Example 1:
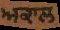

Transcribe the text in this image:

ਅਕਾਲ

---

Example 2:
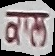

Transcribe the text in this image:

ਕਾਲ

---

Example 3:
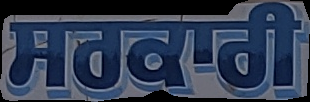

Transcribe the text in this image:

ਸਰਕਾਰੀ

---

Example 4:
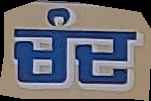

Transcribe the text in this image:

ਚੰਦ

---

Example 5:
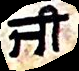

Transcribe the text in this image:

ਜੀ